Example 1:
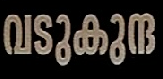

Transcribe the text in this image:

വടുകുന്ദ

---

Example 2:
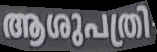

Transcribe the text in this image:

ആശുപത്രി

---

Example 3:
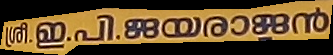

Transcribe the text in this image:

ശ്രീ.ഇ.പി.ജയരാജൻ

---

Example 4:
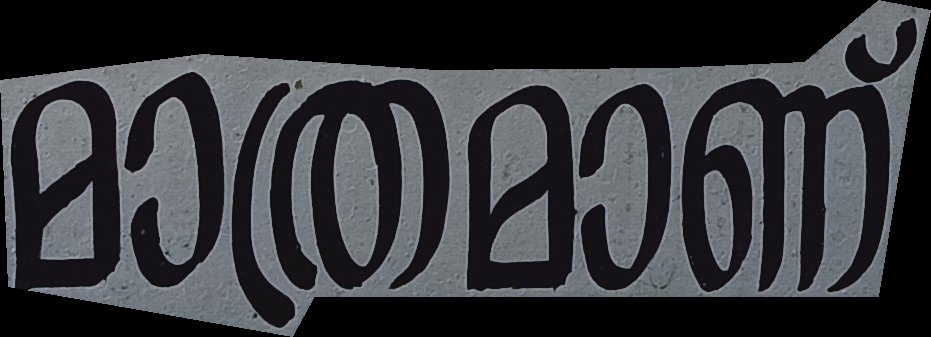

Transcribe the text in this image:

ദാത്രമാണ്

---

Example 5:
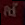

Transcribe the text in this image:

പ്